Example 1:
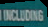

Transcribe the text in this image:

INCLUDING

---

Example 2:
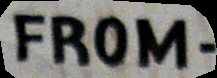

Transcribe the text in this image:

FROM-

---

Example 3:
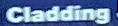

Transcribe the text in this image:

Cladding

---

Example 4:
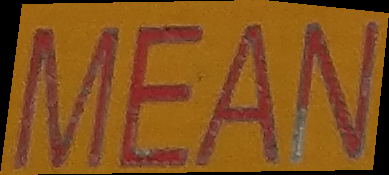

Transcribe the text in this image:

MEAN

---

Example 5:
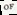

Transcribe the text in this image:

OF